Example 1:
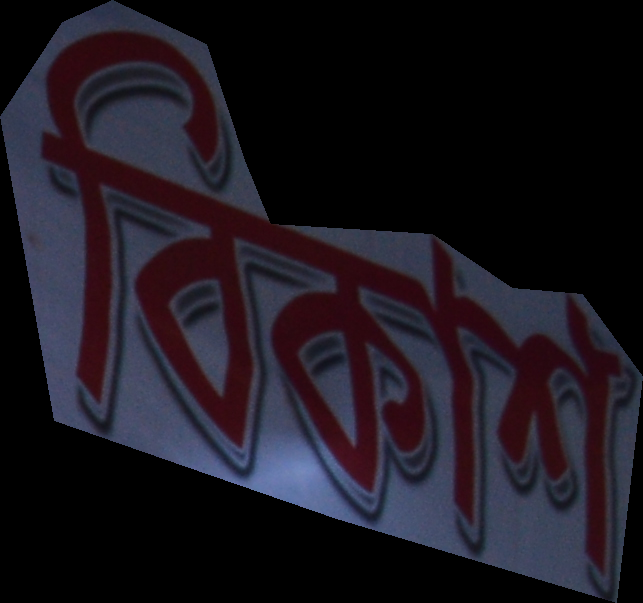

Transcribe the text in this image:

বিকাশ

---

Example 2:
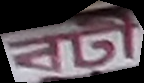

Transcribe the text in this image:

বঢ়ী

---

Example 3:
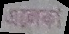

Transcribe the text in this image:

এলেকা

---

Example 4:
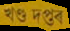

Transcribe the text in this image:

খণ্ড দপ্তব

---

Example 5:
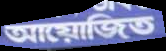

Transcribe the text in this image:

আয়োজিত